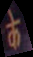
के